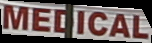
MEDICAL